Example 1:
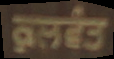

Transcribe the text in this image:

ਕੁਲਵੰਤ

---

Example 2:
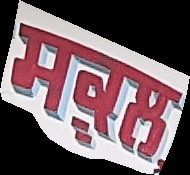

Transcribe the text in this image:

ਸਕੂਲ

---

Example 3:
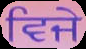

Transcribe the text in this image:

ਵਿਜੇ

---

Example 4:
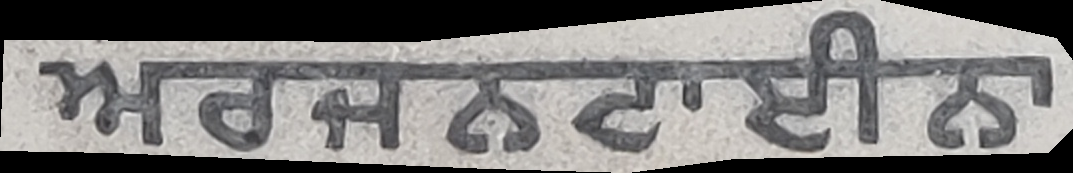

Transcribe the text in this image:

ਅਰਜਨਟਾਈਨਾ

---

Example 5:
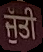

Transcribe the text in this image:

ਜੁੱਤੀ